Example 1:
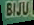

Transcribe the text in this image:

BIJU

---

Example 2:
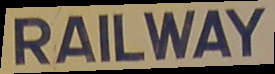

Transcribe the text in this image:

RAILWAY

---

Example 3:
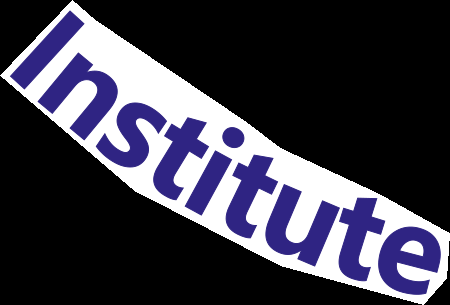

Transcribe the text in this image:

Institute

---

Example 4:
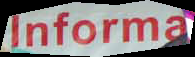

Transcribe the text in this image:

Informa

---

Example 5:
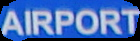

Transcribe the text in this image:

AIRPORT